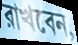
রাখবেন,